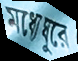
মধো ধুরে